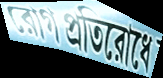
রোগ প্রতিরোধে